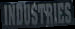
INDUSTRIES